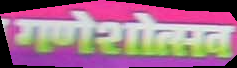
गणेशोत्सव